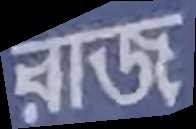
রাজ